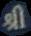
શ્રી